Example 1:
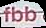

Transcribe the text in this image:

fbb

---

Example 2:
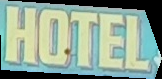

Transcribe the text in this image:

HOTEL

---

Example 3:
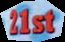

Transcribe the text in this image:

21st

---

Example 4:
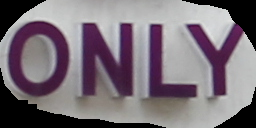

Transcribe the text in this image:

ONLY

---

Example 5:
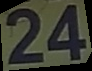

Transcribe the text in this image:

24